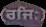
ਰਜਿ: